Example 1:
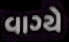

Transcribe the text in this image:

વાગ્યે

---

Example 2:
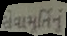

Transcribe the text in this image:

સેવામૂર્તિનું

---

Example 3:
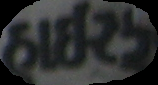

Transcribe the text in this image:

હાઈર5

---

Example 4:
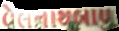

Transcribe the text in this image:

વેલનાથબાપુ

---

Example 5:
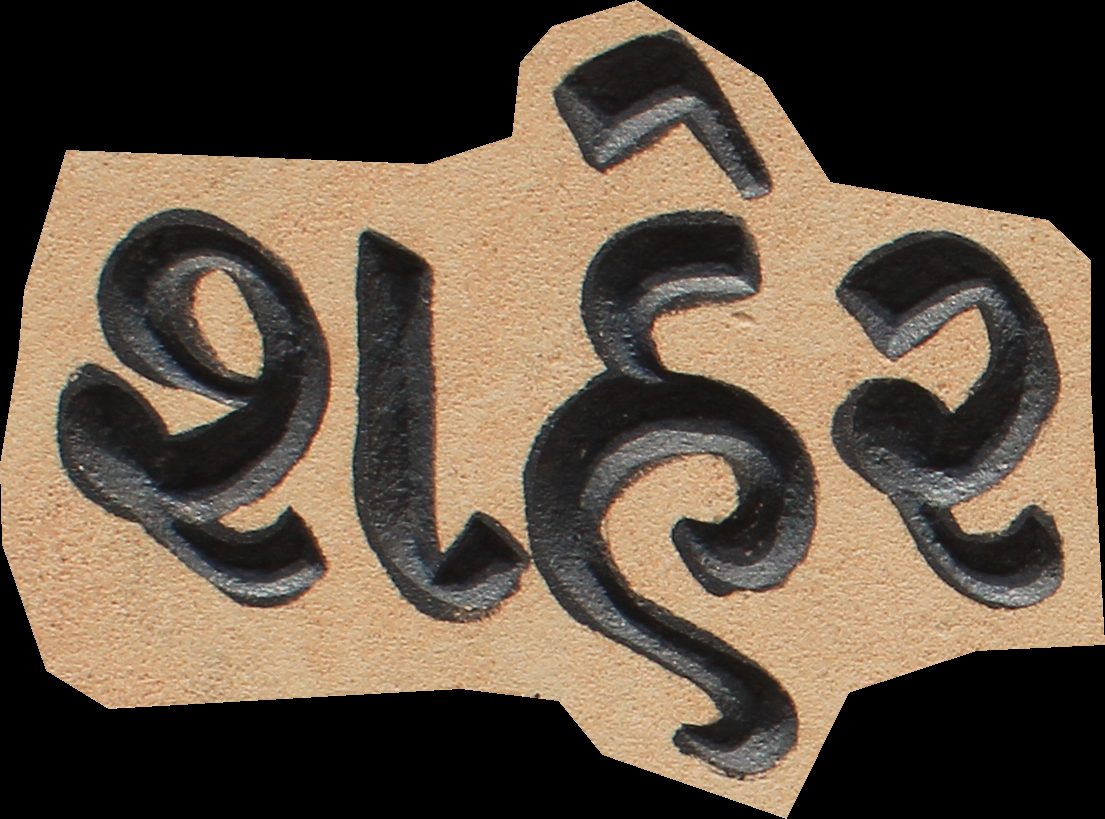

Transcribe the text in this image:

શહેર